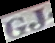
GJ.